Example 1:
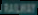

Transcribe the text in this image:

RAILWAY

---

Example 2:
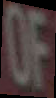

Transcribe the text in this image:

OF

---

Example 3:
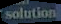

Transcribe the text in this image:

solution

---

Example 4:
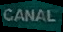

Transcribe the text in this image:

CANAL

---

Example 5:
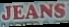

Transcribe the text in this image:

JEANS